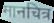
मानचित्र